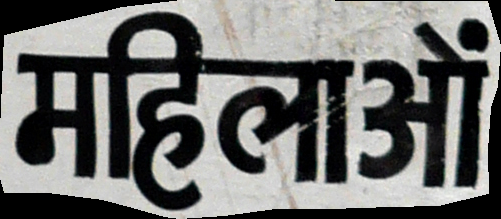
महिलाओं